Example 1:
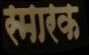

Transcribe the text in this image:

स्मारक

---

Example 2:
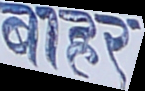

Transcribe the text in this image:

बाहर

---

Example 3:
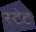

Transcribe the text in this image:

स्टेट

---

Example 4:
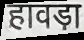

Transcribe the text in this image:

हावड़ा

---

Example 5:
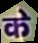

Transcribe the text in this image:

के